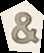
&